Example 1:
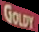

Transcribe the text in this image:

GOLDY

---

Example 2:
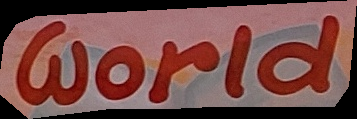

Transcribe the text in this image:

world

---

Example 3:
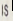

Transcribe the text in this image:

IS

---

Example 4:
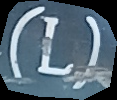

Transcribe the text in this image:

(L)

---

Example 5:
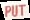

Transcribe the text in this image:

PUT